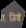
जिये